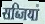
सब्जियां